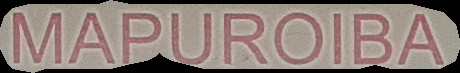
MAPUROIBA